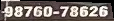
98760-78626